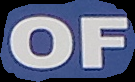
OF